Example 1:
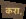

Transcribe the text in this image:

करा,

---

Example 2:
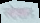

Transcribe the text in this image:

स्टेशन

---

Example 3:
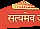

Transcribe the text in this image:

सत्यमेव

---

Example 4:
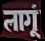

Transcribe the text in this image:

लागूं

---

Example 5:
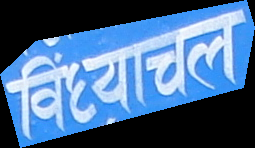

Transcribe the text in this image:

विंध्याचल